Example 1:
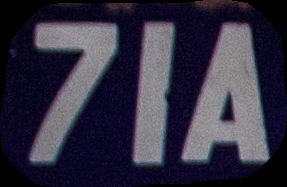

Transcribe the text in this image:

7IA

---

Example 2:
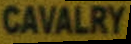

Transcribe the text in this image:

CAVALRY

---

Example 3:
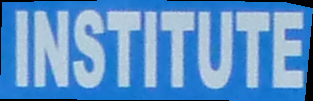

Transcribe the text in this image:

INSTITUTE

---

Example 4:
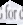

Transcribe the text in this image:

for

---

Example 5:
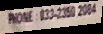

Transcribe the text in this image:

PHONE: 033-2350 2084